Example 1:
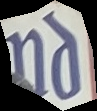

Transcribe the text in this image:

nd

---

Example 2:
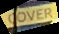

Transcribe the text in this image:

COVER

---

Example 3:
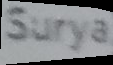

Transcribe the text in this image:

Surya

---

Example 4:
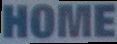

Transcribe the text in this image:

HOME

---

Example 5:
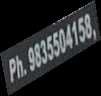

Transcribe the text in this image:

Ph.9835504158,